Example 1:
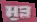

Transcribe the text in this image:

ਸੁੜ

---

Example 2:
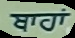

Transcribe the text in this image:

ਥਾਹਾਂ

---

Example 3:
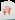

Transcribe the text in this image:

ਜੇ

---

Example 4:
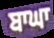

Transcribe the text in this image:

ਬਾਘਾ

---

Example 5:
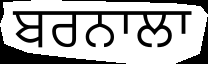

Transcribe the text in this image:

ਬਰਨਾਲਾ